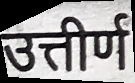
उत्तीर्ण